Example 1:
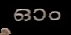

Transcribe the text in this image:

ഓം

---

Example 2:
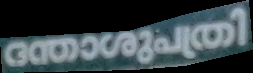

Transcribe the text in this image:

ദന്താശുപത്രി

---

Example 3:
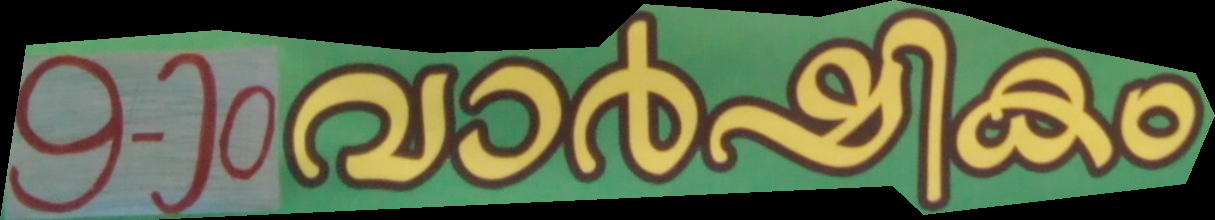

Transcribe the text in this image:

൭-ാ൦ വാർഷികം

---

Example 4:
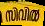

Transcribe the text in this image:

സീവിൽ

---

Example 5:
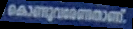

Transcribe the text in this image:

കൊണ്ടുവരേണ്ടതാണ്